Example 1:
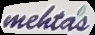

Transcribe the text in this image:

mehtas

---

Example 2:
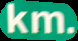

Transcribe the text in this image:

km.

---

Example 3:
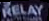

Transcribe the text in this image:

RELAY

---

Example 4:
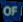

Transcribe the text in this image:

OF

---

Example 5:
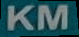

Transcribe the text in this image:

KM